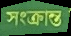
সংক্রান্ত